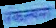
संकल्पना